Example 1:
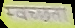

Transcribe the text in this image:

स्वच्छता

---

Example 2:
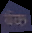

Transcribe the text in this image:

बैंक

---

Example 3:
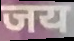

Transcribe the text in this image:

जय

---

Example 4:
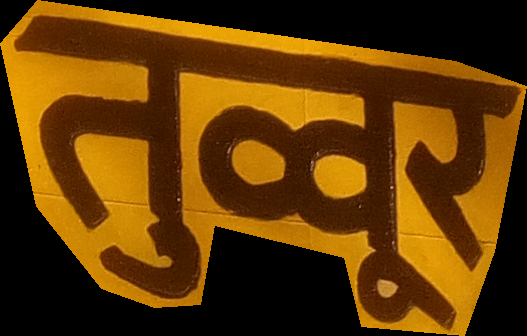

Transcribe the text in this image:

तुव्वूर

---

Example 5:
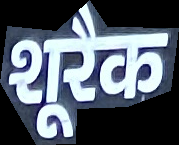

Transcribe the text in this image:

शूरैक